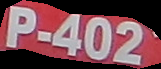
P-402